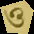
ও